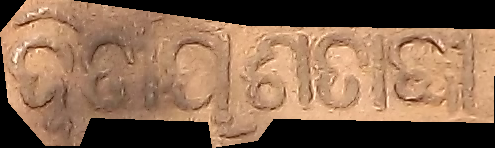
ଦ୍ୱିତୀଯ ଶତାବ୍ଦୀ